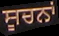
ਸੂਚਨਾਂ